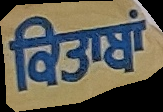
ਕਿਤਾਬਾਂ